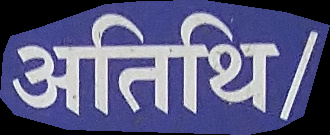
अतिथि/